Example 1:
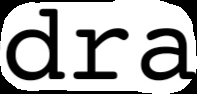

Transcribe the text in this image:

dra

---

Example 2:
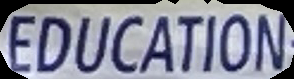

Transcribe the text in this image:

EDUCATION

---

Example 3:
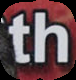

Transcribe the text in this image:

th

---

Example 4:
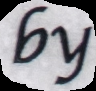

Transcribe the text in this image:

by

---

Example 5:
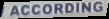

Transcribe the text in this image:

ACCORDING